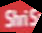
ShriS